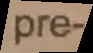
pre-